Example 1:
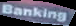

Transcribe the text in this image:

Banking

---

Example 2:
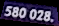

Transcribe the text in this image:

580028.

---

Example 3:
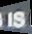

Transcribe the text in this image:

IS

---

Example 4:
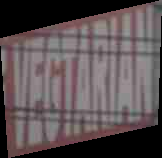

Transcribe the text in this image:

VEGTARIAN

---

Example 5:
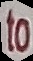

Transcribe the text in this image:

to